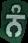
ਨੰ